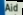
५६८५